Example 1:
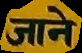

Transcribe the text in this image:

जाने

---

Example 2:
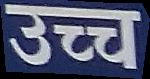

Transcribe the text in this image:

उच्च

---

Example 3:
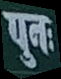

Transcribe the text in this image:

पुनः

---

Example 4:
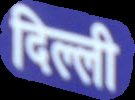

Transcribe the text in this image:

दिल्ली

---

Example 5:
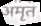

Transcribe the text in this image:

अमृत